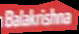
Balakrishna